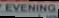
EVENING